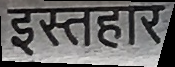
इस्तहार